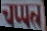
चप्पल